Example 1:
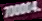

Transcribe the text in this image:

700004.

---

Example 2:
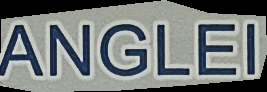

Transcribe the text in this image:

ANGLEI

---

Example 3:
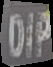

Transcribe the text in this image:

DIP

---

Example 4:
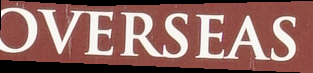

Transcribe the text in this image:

OVERSEAS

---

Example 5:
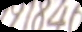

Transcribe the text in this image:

91846